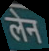
लेन